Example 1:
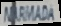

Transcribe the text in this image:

NARMADA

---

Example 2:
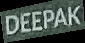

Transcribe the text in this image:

DEEPAK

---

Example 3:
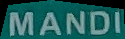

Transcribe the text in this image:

MANDI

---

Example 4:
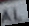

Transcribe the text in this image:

AL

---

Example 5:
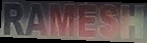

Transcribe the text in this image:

RAMESH